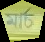
মার্চ